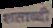
शताब्दी